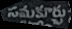
సమకూర్చు